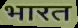
भारत